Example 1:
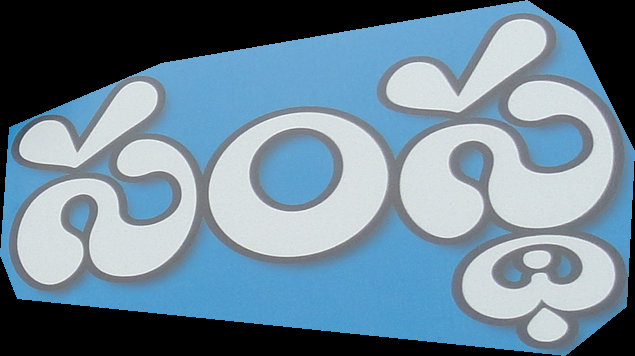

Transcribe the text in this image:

సంస్థ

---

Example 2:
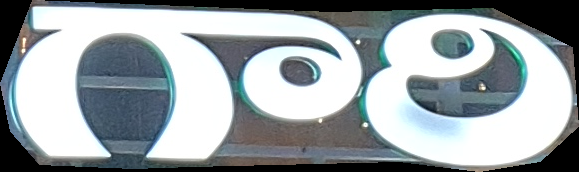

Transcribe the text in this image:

గారి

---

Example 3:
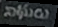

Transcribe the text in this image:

నిధులు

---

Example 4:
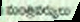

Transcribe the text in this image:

మంత్రివర్యులు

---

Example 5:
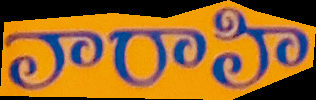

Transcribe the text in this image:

వారాహి